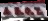
A B.O.T.